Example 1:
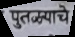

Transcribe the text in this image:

पुतळ्याचे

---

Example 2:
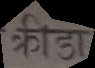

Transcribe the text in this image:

क्रीडा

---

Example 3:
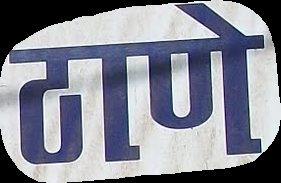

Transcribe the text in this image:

ठाणे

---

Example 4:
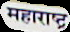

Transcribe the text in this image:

महाराष्ट्र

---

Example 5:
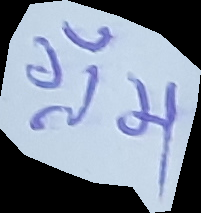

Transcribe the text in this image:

ग्रॅम